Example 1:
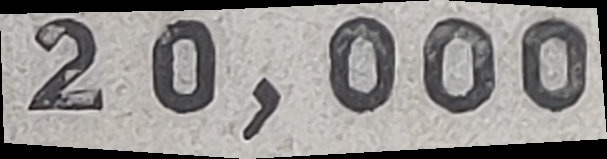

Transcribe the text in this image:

20,000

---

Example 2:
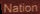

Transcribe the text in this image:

Nation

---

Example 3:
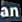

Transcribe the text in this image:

an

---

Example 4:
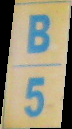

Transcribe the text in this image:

B5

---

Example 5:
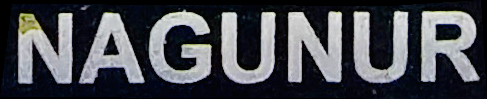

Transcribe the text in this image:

NAGUNUR